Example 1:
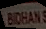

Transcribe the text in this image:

BIDHAN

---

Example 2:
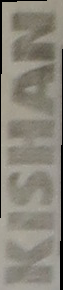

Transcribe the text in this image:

KISHAN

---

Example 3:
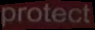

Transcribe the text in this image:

protect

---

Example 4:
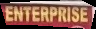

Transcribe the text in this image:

ENTERPRISE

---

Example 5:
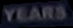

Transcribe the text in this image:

YEARS